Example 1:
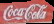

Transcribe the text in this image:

CocaCola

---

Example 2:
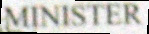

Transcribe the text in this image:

MINISTER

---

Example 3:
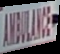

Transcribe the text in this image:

AMBULANCE-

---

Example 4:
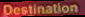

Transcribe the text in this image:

Destination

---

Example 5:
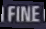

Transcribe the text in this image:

FINE